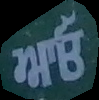
ਆਓ